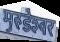
मुरूडेश्वर